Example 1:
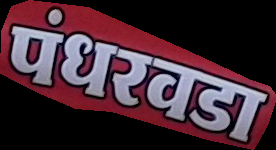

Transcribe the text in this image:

पंधरवडा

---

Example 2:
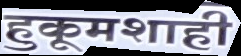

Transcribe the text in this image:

हुकूमशाही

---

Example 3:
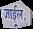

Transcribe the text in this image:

जाईल,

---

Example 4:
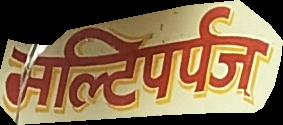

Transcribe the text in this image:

मल्टिपर्पज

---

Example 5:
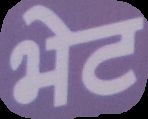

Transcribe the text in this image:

भेट